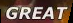
GREAT